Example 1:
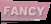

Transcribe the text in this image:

FANCY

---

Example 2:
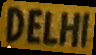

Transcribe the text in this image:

DELHI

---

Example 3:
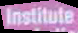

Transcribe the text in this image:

Institute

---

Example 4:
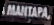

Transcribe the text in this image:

MANTAPA,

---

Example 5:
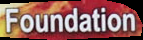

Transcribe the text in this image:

Foundation